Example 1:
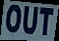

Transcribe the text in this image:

OUT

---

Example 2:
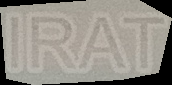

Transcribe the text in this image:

IRAT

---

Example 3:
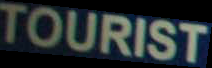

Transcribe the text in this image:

TOURIST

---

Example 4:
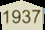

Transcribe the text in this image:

1937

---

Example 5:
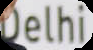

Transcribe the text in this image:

Delhi